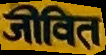
जीवित